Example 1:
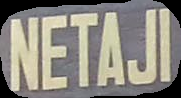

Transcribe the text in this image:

NETAJI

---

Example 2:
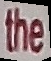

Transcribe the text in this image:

the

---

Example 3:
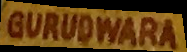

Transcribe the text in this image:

GURUDWARA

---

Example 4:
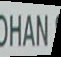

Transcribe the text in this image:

OHAN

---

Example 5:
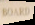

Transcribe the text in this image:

BOARD